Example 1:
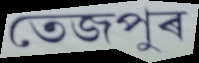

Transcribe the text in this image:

তেজপুৰ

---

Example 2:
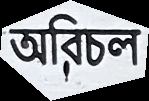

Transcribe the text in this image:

অবিচল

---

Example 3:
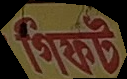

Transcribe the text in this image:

গিফট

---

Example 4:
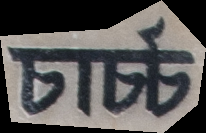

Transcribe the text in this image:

চার্চ্চ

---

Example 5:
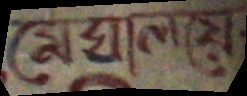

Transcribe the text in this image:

মেঘালয়ে